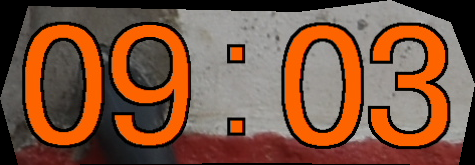
09:03